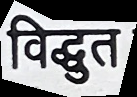
विद्धुत